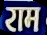
राम